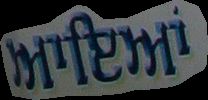
ਆਇਆਂ